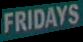
FRIDAYS